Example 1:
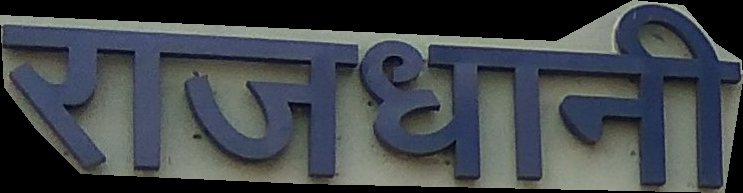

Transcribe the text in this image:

राजधानी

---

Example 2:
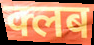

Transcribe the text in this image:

क्लब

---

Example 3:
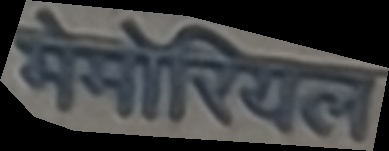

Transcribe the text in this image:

मेमोरियल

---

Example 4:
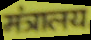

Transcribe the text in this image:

मंत्रालय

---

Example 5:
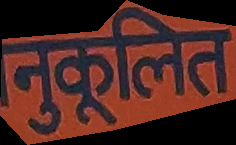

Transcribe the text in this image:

नुकूलित